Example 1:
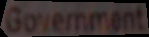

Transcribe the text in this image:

Government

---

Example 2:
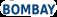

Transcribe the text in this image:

BOMBAY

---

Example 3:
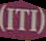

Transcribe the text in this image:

(ITI)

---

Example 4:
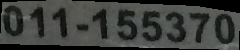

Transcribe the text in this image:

011-155370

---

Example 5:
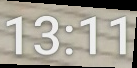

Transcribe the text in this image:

13:11